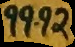
੧੧-੧੨